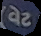
વેટ